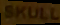
SKULL